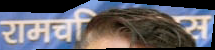
रामचस